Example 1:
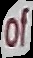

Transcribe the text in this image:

of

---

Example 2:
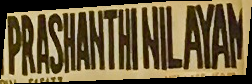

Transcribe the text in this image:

PRASHANTHINILAYAN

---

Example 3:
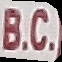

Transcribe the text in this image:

B.C.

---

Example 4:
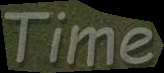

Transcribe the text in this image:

Time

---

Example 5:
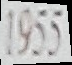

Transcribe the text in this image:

1955